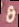
8